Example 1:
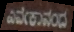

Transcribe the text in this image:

ಎವೇಕಾನಂದ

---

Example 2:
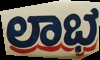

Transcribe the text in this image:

ಲಾಭ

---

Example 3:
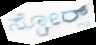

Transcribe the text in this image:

ಸೋರ್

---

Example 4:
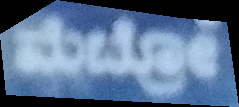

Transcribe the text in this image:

ಮಟ್ರೋ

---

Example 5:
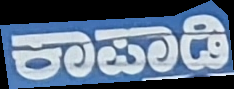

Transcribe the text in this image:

ಕಾಪಾಡಿ